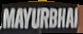
MAYURBHAI